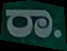
ರಾ.